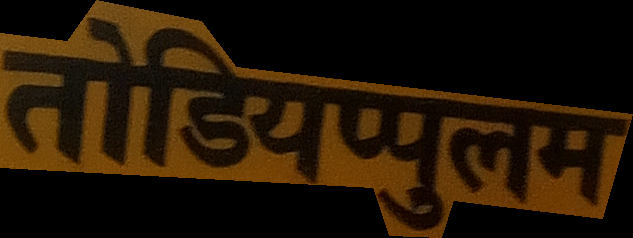
तोडियप्पुलम